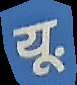
यू.